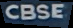
CBSE